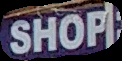
SHOP